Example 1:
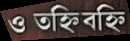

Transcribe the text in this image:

ওতহ্নিবহ্নি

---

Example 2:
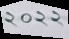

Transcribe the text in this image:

২০২২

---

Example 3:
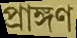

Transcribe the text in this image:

প্রাঙ্গণ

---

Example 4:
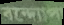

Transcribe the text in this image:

বন্দ্যোপা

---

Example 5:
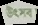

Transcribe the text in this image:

উৎসব